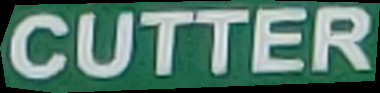
CUTTER